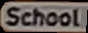
School